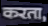
करता,